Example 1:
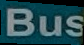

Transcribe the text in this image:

Bus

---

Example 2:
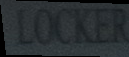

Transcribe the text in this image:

LOCKER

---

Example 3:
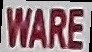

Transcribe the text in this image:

WARE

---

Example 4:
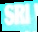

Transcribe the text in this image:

SRI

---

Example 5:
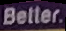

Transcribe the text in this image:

Better.